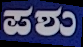
ಪಶು